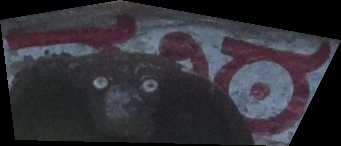
ಮಠ